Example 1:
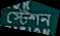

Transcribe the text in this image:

স্টেশন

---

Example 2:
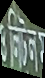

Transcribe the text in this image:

লিটল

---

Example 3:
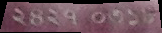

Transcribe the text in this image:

২৪২৭০৩১৮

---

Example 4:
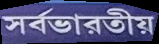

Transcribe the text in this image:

সর্বভারতীয়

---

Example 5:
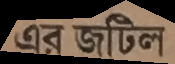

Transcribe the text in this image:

এরজটিল